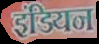
इंडियन